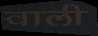
वाली